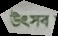
উৎসব